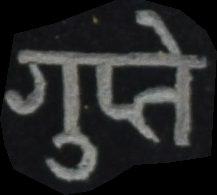
गुप्ते